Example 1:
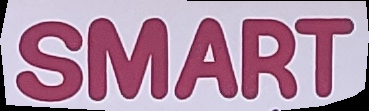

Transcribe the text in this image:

SMART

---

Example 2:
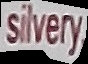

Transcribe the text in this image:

silvery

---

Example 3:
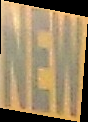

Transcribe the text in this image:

NEW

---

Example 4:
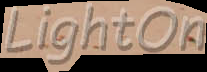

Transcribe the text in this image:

LightOn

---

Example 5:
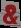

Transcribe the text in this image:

&